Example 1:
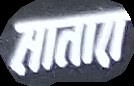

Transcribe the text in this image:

सातारा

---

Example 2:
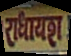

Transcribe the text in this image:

राधायश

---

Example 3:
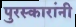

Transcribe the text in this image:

पुरस्कारांनी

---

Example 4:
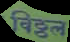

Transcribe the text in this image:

विठ्ठल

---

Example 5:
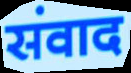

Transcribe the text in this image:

संवाद